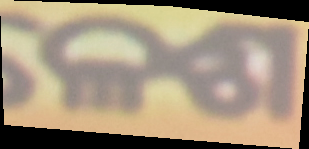
ଳଣ